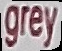
grey